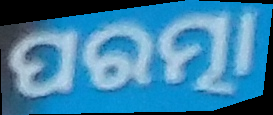
ପରମ୍ଭା